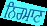
ਨਿਰਮਾਣ